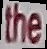
the